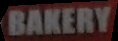
BAKERY